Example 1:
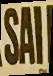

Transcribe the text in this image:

SAI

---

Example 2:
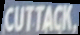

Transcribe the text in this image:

CUTTACK,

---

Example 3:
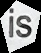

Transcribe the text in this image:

is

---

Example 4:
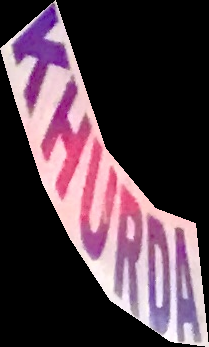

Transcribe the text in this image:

KHURDA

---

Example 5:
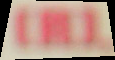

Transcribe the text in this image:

IRI